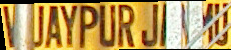
VIJAYPURJAMMU